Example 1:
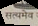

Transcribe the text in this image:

सत्‍यमेव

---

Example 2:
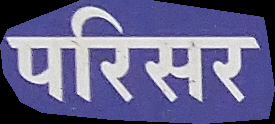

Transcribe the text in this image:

परिसर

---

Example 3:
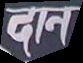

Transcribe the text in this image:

दान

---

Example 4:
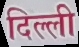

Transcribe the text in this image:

दिल्ली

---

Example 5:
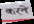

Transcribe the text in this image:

करने